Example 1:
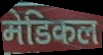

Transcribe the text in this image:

मेडिकल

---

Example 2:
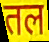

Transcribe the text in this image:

तल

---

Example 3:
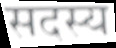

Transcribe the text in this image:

सदस्य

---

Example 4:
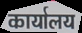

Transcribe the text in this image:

कार्यालय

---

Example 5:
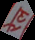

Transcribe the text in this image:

रेल